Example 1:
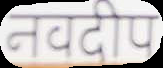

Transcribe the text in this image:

नवदीप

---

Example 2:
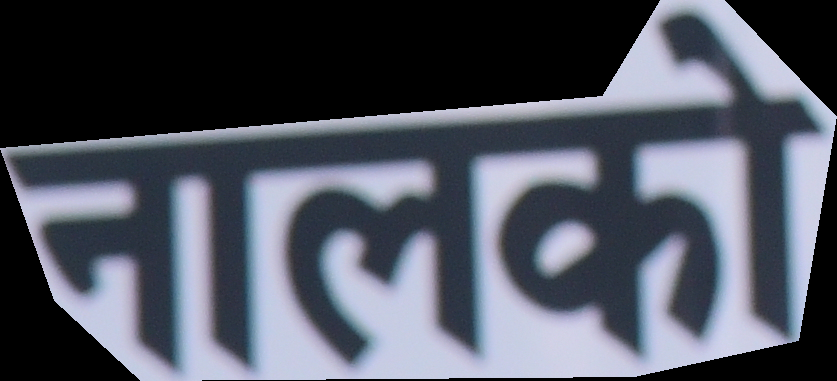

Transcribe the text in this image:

नालको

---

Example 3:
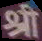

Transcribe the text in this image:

श्री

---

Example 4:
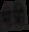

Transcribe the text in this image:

मंत्री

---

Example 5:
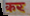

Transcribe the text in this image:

कर